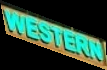
WESTERN